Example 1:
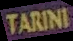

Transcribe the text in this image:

TARINI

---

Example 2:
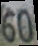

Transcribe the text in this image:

60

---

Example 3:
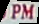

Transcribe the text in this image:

PM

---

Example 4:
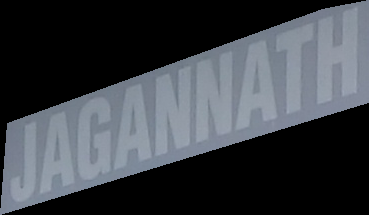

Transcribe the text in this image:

JAGANNATH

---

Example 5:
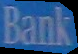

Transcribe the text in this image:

Bank